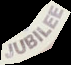
JUBILEE